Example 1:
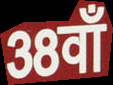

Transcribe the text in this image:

38वाँ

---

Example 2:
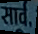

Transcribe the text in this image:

सार्व.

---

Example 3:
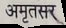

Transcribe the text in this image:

अमृतसर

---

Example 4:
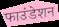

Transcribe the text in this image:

फाउंडेशन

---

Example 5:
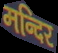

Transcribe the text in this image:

मन्दिर